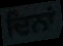
ਇਨਾ